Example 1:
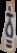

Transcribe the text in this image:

ਨੂੰ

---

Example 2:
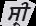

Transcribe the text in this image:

ਸ੍ਰੀ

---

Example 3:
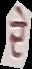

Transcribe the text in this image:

ਦੇ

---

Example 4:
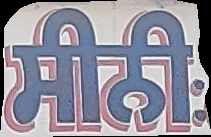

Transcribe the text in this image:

ਸੀਨੀਃ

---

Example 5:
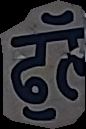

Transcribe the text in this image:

ਫੁੱ